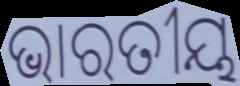
ଭାରତୀୟ